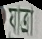
যাত্রা